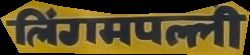
लिंगमपल्ली